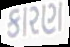
કારણ